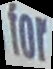
for